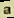
a